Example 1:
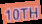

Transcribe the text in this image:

10TH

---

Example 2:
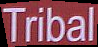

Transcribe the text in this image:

Tribal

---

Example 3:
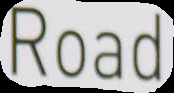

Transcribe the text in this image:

Road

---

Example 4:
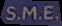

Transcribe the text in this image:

S.M.E.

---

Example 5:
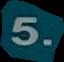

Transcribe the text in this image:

5.